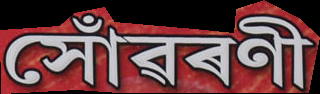
সোঁৱৰণী